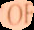
OF